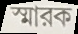
স্মারক